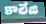
కాలేజి